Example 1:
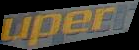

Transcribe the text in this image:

uper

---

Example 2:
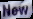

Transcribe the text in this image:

New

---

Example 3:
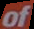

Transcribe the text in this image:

of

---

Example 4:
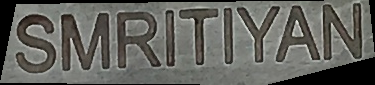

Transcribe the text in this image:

SMRITIYAN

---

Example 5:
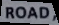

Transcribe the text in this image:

ROAD,